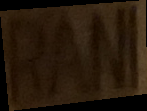
RANI